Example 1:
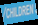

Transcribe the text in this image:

CHILDREN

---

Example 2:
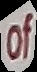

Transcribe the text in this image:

of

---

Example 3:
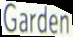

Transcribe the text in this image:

Garden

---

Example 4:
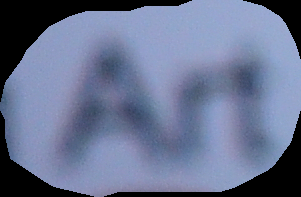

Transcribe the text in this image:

Art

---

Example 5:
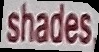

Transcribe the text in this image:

shades